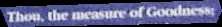
ThouthemessureofGoodness